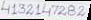
4132147282